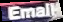
Email